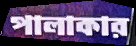
পালাকার